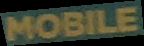
MOBILE